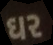
ઘર